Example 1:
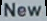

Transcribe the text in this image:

New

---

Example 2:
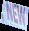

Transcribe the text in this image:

NEW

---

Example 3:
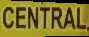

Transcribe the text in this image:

CENTRAL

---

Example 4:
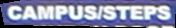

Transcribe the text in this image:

CAMPUS/STEPS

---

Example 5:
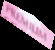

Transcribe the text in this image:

PREMIUM